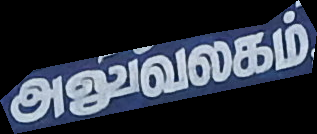
அலுவலகம்,